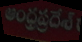
ఆంధ్రప్రదేశ్